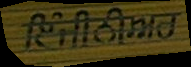
ਇੰਜੀਨੀਅਰ